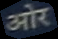
ओर